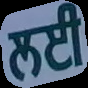
ਲਈ